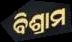
ବିଶ୍ରାମ